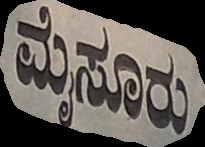
ಮೈಸೂರು